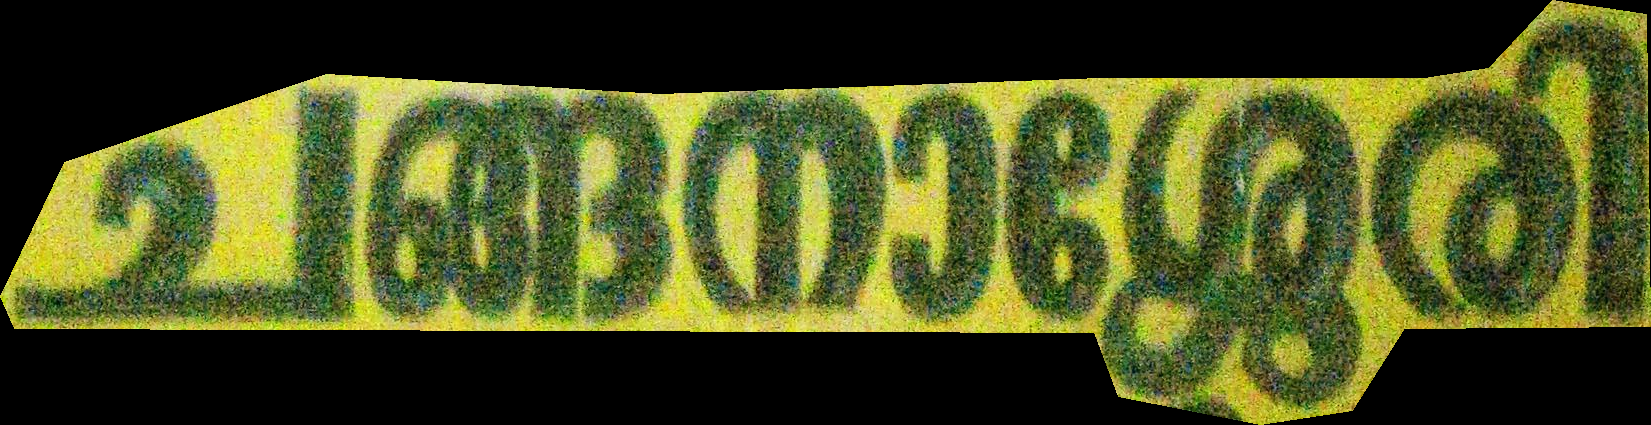
ചങ്ങനാശ്ശേരി